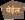
येईल,